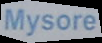
Mysore